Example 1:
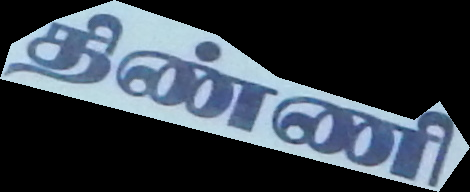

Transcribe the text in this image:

திண்ணி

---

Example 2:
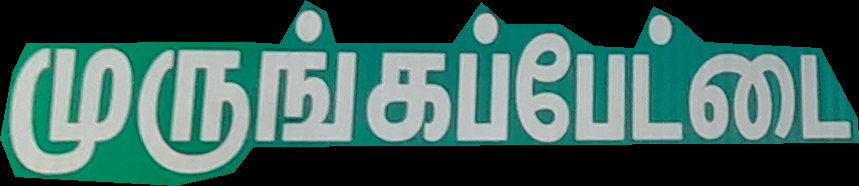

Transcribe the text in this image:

முருங்கப்பேட்டை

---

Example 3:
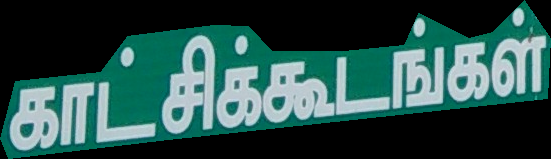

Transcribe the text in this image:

காட்சிக்௯டங்கள்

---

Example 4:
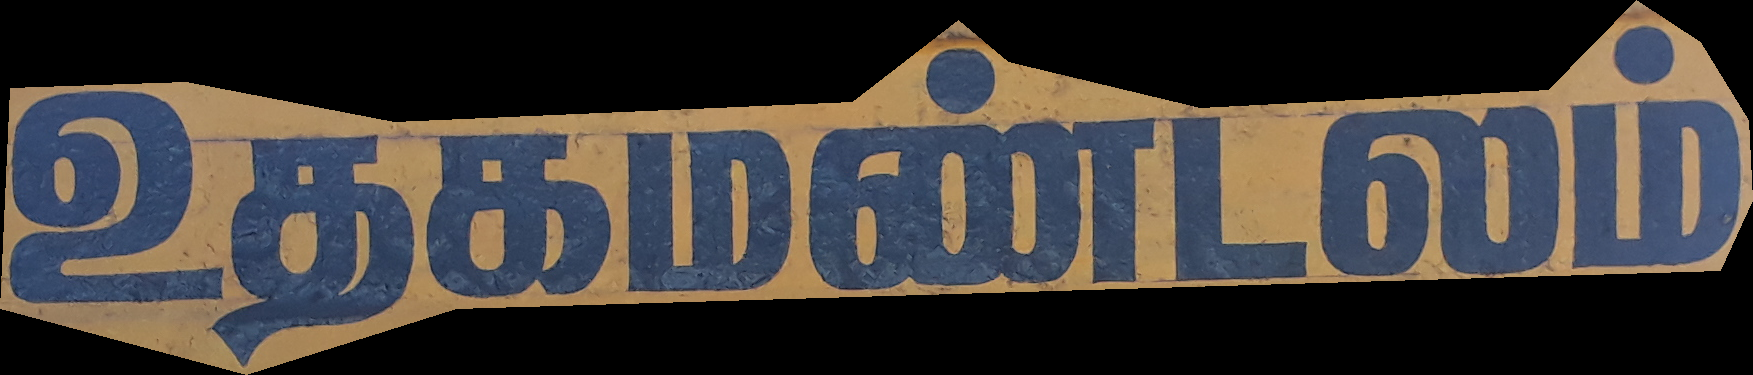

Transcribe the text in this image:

உதகமண்டலம்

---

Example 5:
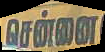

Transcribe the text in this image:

எசன்னை